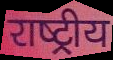
राष्ट्रीय